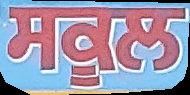
ਸਕੂਲ